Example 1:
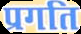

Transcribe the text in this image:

प्रगति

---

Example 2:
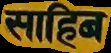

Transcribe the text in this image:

साहिब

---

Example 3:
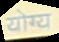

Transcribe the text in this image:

योग्य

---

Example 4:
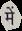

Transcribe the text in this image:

में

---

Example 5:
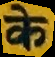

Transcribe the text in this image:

के